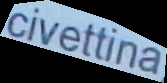
civettina